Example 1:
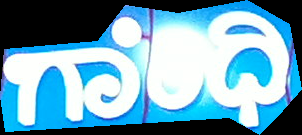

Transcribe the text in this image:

ಗಾಂಧಿ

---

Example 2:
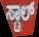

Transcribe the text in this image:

ಸ್ಟಾಲ್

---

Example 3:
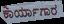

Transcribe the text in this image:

ಕಾರ್ಯಾಗಾರ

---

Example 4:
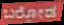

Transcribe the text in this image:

ಬರೋಡ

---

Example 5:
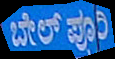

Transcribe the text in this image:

ಬೇಲ್ ಪೂರಿ